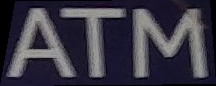
ATM